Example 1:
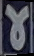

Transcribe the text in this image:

૪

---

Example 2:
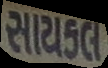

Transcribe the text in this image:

સાયકલ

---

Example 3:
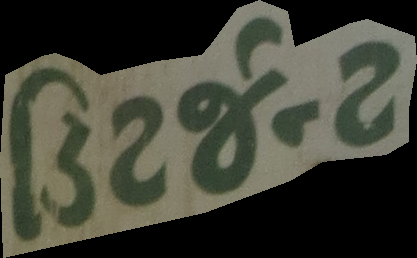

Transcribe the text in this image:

ડિટર્જન્ટ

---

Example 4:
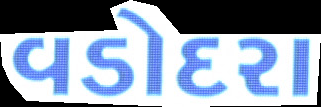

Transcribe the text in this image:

વડોદરા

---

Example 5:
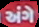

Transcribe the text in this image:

અંગે